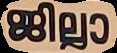
ജില്ലാ